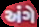
અંગે